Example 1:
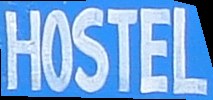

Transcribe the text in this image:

HOSTEL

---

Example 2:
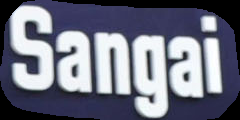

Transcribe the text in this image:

Sangai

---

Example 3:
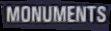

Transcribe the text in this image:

MONUMENTS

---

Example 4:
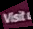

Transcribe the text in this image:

Visit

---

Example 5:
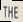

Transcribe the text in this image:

THE